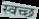
स्वच्छ